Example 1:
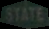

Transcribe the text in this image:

STATE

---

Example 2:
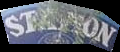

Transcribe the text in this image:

STATION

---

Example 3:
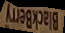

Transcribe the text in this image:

BlackBerry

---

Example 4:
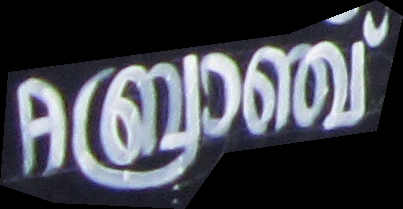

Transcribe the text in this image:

Aബ്രാഞ്ച്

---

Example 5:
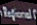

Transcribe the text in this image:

Refional